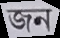
জন